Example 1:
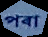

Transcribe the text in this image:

পৰা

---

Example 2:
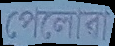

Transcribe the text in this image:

পেলোৱা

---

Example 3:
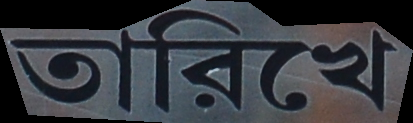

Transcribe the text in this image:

তারিখে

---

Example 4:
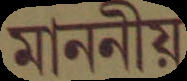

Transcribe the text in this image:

মাননীয়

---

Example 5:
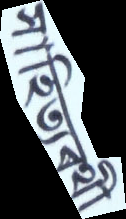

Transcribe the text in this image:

সাহিত্যৰথী